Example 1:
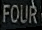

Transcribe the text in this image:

FOUR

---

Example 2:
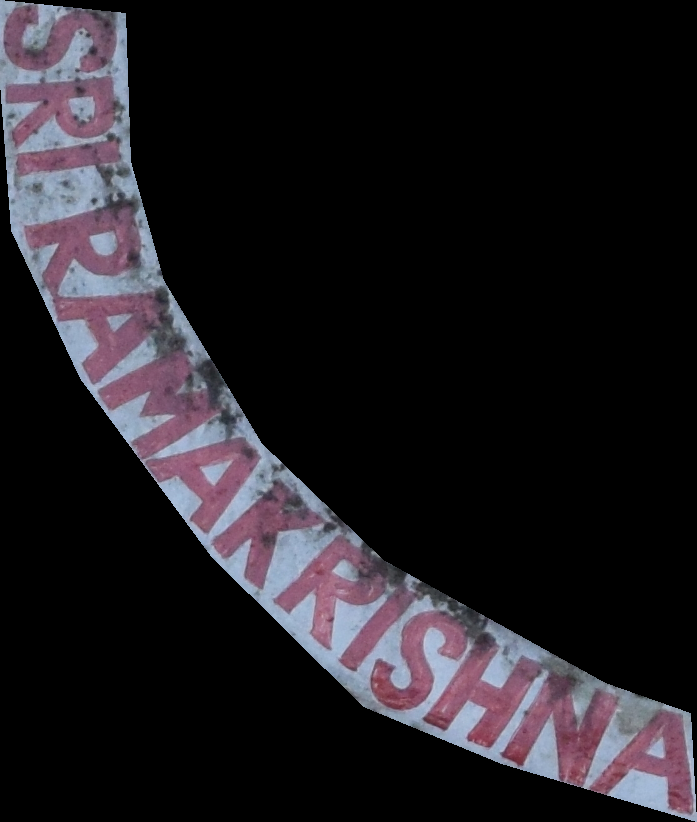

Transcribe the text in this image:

SRI RAMAKRISHNA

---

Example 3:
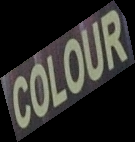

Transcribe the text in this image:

COLOUR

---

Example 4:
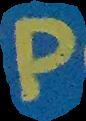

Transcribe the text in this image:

P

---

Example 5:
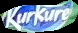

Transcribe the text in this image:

Kurkure